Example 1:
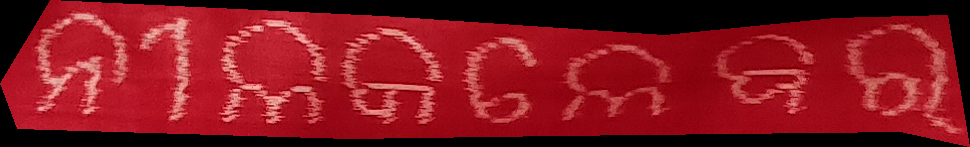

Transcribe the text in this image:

ନୀଳକଳେବର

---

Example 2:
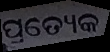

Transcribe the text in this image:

ପ୍ରତ୍ୟେକ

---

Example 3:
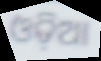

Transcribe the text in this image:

ଓତ଼ିଥା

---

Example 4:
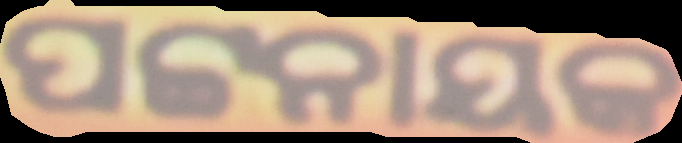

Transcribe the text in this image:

ପଟ୍ଟନାୟକ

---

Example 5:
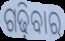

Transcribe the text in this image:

ଗଢ଼ିବାର